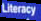
Literacy